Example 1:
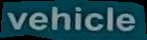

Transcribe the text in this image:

vehicle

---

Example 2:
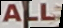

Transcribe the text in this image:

ALL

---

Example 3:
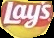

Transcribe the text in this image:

Lays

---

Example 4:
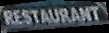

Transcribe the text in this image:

RESTAURANT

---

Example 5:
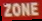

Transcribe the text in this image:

ZONE